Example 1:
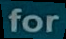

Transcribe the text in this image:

for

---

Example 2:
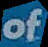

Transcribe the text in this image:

of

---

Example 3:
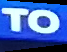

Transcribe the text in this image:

TO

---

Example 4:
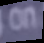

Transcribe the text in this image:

on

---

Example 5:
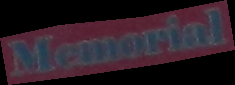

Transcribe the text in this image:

Memorial